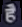
है